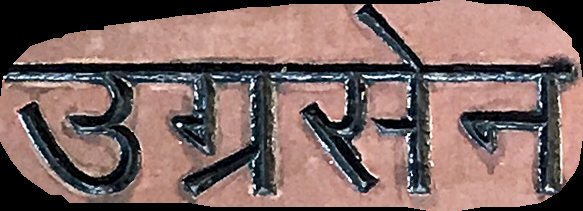
उग्रसेन